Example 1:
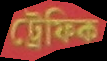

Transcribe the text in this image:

ট্রেফিক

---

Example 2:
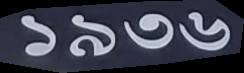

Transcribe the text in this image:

১৯৩৬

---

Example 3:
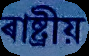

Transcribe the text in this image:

ৰাষ্ট্ৰীয়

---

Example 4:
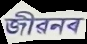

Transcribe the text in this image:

জীৱনৰ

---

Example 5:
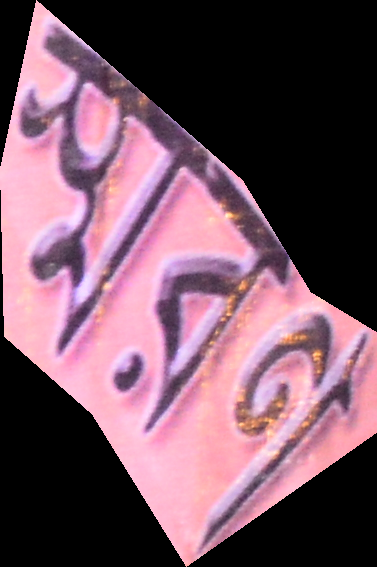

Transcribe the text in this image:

স্মরণ